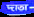
দাতা-